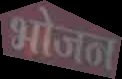
भोजन